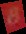
8